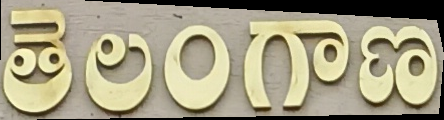
తెలంగాణ